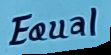
Equal